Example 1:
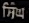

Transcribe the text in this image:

ਸਿੰਘ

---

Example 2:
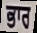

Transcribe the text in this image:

ਭਾਰ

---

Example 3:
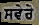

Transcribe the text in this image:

ਸਵੇਰੇ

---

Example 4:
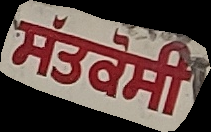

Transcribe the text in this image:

ਸੱਤਕੋਸੀ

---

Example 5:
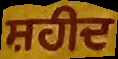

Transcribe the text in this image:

ਸ਼ਹੀਦ